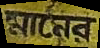
মানের